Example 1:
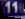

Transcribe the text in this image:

11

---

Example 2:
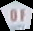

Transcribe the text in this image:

OF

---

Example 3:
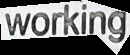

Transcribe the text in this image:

working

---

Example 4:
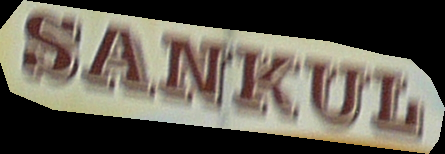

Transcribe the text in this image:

SANKUL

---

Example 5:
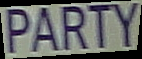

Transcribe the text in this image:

PARTY